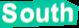
South